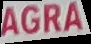
AGRA